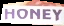
HONEY